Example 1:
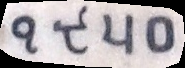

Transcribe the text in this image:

੧੯੫੦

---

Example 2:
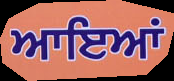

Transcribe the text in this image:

ਆਇਆਂ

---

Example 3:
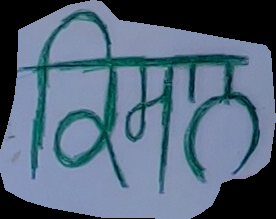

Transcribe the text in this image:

ਕਿਸਾਨ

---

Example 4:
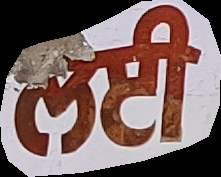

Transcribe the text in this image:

ਲਈ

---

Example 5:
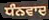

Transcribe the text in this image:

ਧੰਨਵਾਦ